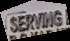
SERVING